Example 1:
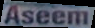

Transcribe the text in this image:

Aseem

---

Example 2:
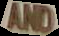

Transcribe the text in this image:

AND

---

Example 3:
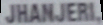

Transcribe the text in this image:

JHANJERI,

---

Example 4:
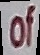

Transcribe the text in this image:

of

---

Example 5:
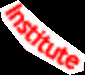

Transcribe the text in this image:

Institute